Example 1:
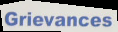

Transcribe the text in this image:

Grievances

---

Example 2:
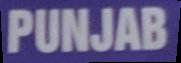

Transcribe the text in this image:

PUNJAB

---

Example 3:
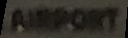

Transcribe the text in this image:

AIRPORT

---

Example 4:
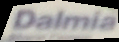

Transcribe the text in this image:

Dalmia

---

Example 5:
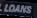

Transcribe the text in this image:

LOANS